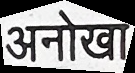
अनोखा